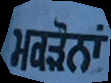
ਮਕੜੌਨਾਂ